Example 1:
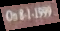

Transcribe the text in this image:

On8.1.1999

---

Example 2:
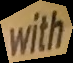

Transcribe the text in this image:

with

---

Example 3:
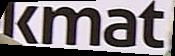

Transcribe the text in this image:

kmat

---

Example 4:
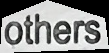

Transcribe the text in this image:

others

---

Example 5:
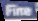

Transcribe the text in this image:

Fine